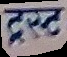
ट्रस्ट